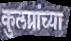
कुलप्रांच्या